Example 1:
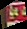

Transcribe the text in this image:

ಶ್ರೀ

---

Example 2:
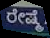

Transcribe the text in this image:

ರೇಷ್ಮೆ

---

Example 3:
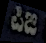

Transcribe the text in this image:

ಪಿಜ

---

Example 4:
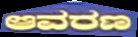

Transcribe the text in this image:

ಆವರಣ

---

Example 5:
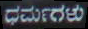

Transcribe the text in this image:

ಧರ್ಮಗಳು